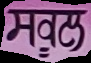
ਸਕੂਲ